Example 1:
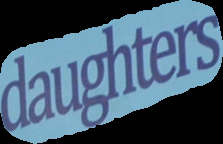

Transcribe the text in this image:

daughters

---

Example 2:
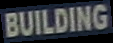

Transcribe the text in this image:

BUILDING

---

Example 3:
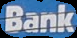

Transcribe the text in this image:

Bank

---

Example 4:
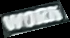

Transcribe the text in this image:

WORK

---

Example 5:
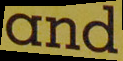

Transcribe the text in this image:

and